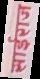
साईराज